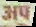
अप